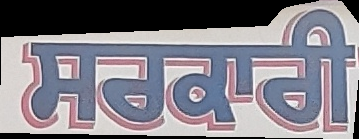
ਸਰਕਾਰੀ